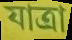
যাত্রা